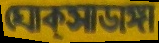
ঘোকসাডাঙ্গা